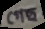
গেছ